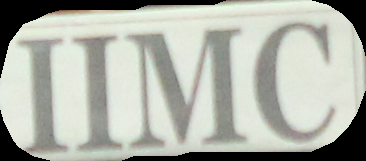
IIMC